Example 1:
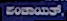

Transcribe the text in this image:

ಪಂಚಾಯತ್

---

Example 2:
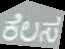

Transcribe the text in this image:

ಕೆಲಸ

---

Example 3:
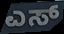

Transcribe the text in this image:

ಎಸ್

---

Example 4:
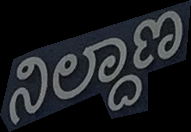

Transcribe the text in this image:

ನಿಲ್ದಾಣ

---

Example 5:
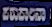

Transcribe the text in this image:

ಪಠುಪಾಲನಾ